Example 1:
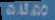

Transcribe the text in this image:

ಎ.ಟಿ.ಎಂ.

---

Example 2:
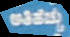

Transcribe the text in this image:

ಅತಿಹೆಚ್ಚು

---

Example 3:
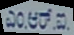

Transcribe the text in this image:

ಎಂ.ಆರ್.ಐ.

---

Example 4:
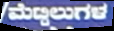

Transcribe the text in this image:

ಮೆೞ್ಟಲುಗಳ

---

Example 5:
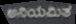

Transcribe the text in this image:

ಅನಿಯಮಿತ